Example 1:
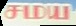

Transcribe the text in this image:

சமய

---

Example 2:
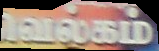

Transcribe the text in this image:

வல்கம்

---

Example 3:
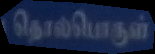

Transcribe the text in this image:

தொலபொருள்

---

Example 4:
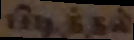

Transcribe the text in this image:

பிடித்தல்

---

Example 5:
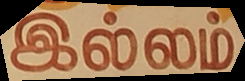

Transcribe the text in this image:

இல்லம்